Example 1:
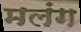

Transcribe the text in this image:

मलंग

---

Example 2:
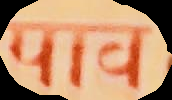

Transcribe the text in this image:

पाव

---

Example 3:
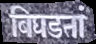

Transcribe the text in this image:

बिघडतां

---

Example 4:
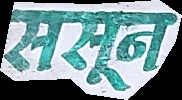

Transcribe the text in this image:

ससून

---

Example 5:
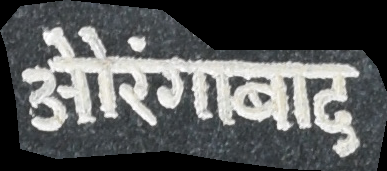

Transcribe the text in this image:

ओरंगाबाद